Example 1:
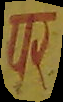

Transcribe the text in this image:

पर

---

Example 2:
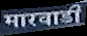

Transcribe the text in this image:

मारवाडी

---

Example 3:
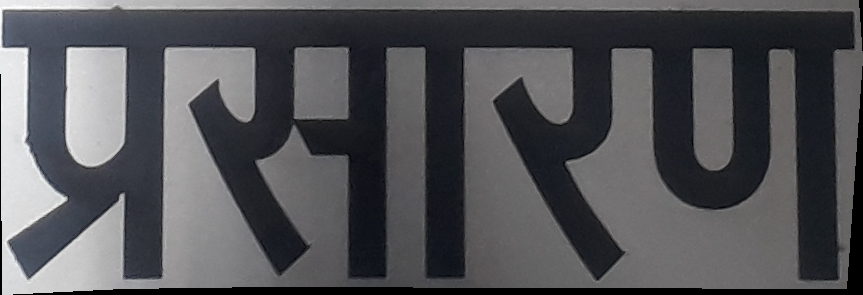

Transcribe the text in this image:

प्रसारण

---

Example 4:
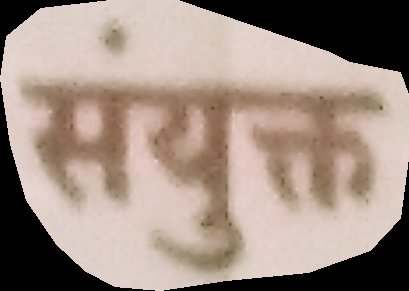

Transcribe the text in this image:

संयुक्त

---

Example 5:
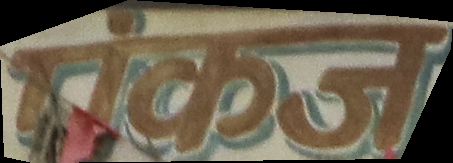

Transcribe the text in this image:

पंकज